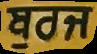
ਬੁਰਜ